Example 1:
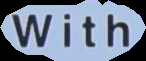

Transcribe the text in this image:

With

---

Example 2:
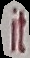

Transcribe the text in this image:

it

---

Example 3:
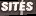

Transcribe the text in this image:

SITES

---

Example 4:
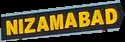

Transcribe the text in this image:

NIZAMABAD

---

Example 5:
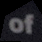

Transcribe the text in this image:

of